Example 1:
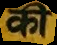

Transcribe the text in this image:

क‍ी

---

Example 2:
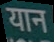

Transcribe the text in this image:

यान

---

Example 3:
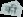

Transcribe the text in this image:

की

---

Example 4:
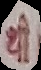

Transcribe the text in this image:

थ़ी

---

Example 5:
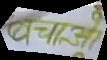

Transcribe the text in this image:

बचाओ